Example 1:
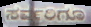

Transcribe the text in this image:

ಸರ್ವರಿಗೂ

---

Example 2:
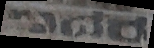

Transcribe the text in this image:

ಇವರ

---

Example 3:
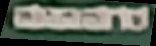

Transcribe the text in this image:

ದುಸಾನಗರ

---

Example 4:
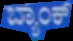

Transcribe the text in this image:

ಬ್ಯಾಂಕ್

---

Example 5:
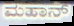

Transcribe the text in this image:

ಮಹಾನ್